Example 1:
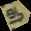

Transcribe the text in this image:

की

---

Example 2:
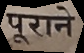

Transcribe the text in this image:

पूराने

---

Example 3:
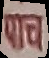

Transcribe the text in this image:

पाच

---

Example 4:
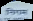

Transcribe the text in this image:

निगम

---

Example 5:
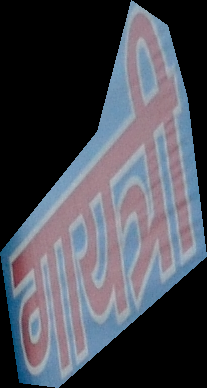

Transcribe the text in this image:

गायत्री